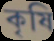
কৃষি